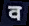
व